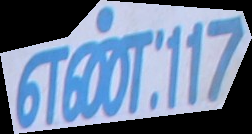
எண்:117